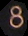
8